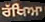
ਰੱਖਿਆ